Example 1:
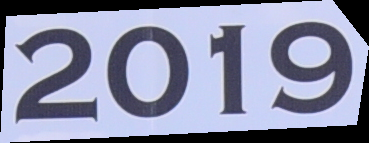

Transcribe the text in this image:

2019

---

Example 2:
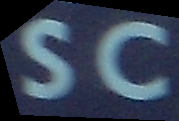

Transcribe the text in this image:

SC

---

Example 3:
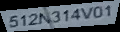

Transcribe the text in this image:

512N314V01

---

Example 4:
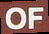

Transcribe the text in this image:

OF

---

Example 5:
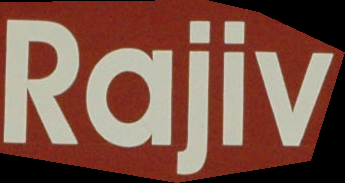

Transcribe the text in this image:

Rajiv